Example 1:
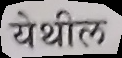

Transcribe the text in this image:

येथील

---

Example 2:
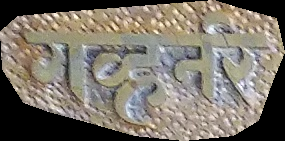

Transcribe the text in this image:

गव्हर्नर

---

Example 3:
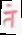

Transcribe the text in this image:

ते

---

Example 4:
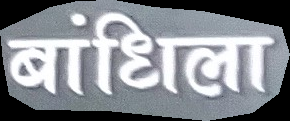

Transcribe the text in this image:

बांधिला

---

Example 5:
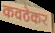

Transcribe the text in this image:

कवठेकर